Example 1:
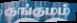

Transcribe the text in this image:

தங்தமம்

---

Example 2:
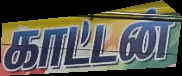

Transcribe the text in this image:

காட்டன்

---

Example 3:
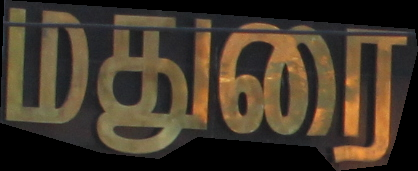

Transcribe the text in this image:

மதுரை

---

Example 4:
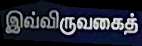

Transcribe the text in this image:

இவ்விருவகைத்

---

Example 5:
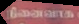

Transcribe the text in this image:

நினைவாக